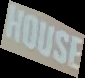
HOUSE